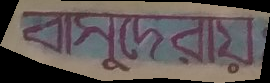
বাসুদেরায়